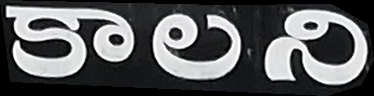
కాలని